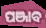
ପଞ୍ଜାବ